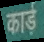
कार्ड़